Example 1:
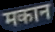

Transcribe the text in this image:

मकान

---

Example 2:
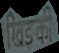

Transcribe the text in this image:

खिडकी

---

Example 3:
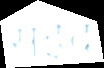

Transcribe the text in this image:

सइट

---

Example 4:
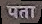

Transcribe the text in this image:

पता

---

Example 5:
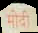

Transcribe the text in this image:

मोदी